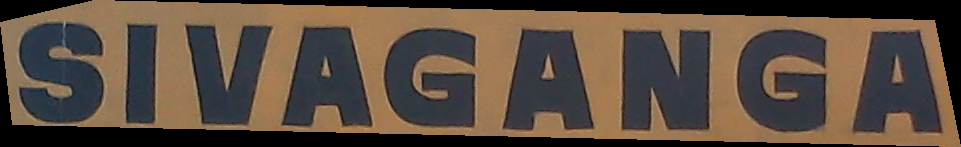
SIVAGANGA